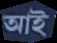
আই